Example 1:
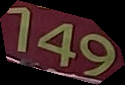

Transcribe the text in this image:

149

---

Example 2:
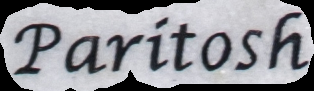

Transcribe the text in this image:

Paritosh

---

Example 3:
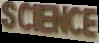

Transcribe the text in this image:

SCIENCE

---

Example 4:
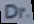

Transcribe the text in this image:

Dr.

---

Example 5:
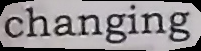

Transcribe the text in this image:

changing